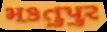
મકતુપુર